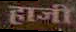
हाजी